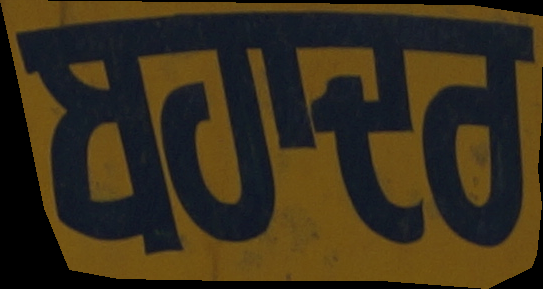
ਬਹਾਦਰ